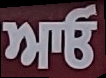
ਆਓ